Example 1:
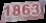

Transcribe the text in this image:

1863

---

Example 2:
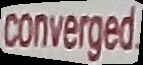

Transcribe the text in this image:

converged.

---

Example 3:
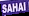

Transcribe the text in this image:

SAHAI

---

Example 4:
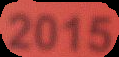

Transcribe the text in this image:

2015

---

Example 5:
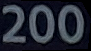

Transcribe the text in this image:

200